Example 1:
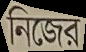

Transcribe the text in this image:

নিজের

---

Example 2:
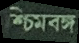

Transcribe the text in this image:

শ্চিমবঙ্গ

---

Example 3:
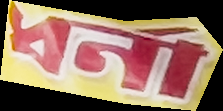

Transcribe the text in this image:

ঘনা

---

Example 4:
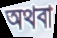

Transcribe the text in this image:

অথবা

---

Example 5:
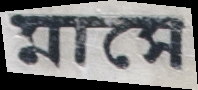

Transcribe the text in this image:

মাসে